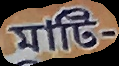
মাটি-